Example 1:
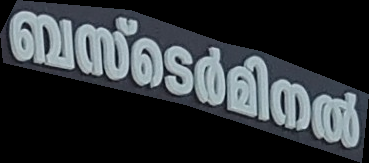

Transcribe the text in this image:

ബസ്ടെർമിനൽ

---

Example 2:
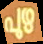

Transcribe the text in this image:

പൂഴ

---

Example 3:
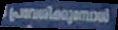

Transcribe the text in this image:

പ്രവേശിക്കുമ്പോൾ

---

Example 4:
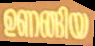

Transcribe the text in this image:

ഉണങ്ങിയ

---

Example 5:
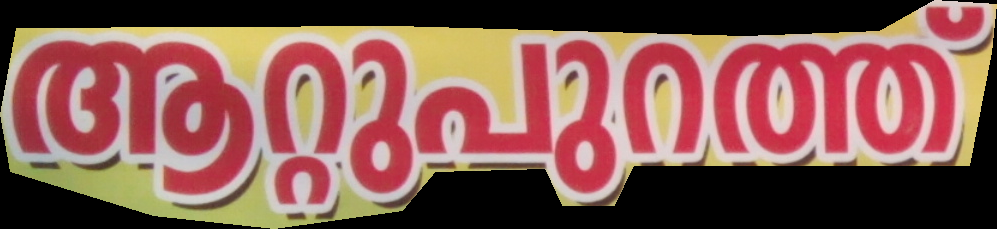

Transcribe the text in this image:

ആറ്റുപുറത്ത്